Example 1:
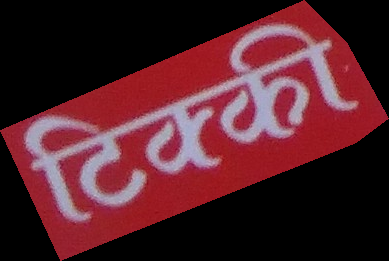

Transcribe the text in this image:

टिक्की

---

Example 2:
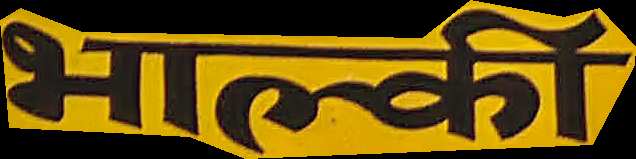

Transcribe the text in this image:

भाल्की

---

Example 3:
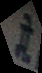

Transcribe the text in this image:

मे.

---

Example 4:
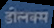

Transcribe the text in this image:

डॉलक्स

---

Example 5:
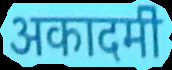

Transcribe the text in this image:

अकादमी